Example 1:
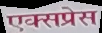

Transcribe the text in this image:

एक्सप्रेस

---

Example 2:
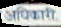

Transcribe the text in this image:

अधिकारी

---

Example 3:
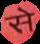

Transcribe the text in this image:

सॆ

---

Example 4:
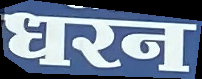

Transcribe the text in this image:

धरन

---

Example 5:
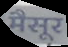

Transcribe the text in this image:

मैसूर